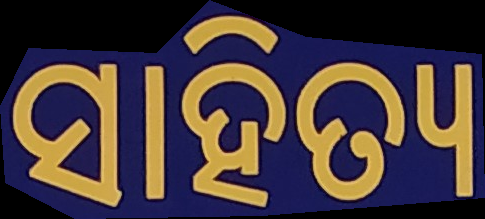
ସାହିତ୍ୟ